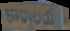
కార్యాలయ